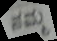
ನಮ್ಮ